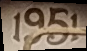
1951